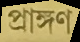
প্রাঙ্গণ